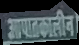
आपातकालीन